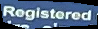
Registered